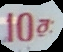
10a: